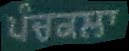
ਪੰਚਕਲਾ